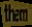
them